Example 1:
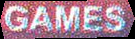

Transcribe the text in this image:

GAMES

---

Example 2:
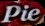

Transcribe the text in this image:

Pie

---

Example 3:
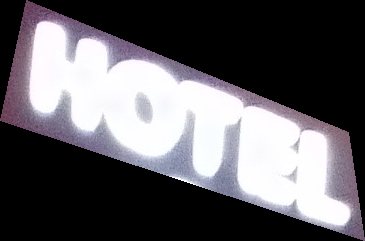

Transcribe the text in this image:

HOTEL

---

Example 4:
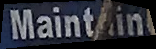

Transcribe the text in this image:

Maintain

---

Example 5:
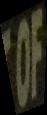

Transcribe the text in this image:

OF